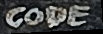
CODE